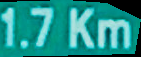
1.7Km